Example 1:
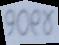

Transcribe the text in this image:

୨୦୧୪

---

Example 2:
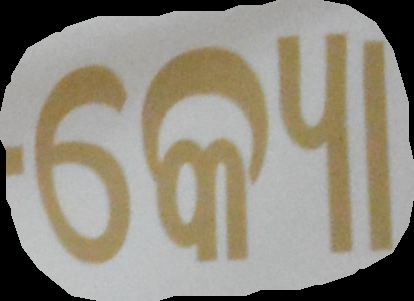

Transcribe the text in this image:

ମ୍ୟୋ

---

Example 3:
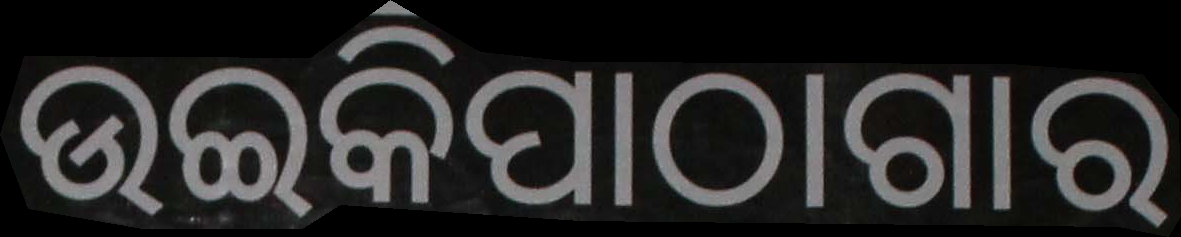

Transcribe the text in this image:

ଉଇକିପାଠାଗାର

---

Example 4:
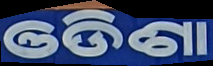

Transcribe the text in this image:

ଓଡିଶା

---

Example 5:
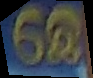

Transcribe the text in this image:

ଛେ